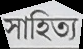
সাহিত্য